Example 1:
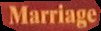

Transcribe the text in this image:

Marriage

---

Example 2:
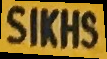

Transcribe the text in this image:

SIKHS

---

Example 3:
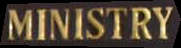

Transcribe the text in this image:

MINISTRY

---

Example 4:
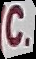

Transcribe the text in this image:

C.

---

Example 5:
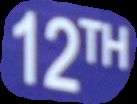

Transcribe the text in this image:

12TH